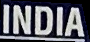
INDIA